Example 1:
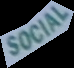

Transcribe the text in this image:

SOCIAL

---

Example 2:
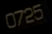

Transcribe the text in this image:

0725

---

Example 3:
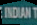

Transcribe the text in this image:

INDIAN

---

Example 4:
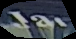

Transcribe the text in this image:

Jai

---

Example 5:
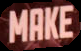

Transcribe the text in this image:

MAKE